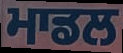
ਮਾਡਲ